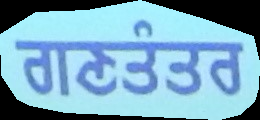
ਗਣਤੰਤਰ